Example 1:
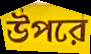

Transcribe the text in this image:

উপরে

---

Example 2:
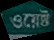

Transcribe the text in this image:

ওয়েষ্ট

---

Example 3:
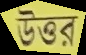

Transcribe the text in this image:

উত্তর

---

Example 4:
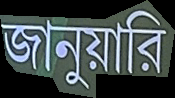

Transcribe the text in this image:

জানুয়ারি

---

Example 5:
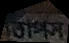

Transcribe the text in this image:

তাপস